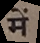
में